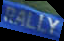
RALLY